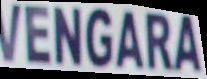
VENGARA